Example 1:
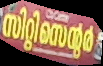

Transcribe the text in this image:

സിറ്റിസെന്റർ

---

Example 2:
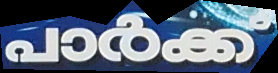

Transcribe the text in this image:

പാർക്ക്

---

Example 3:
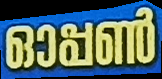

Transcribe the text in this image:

ഓപ്പൺ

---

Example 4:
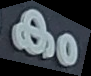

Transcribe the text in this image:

കം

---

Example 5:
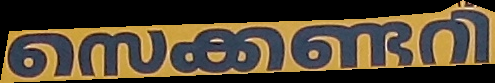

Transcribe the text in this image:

സെക്കണ്ടറി